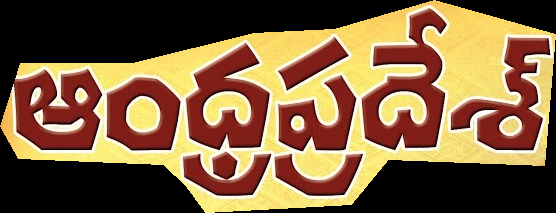
ఆంధ్రప్రదేశ్